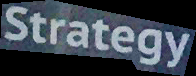
Strategy